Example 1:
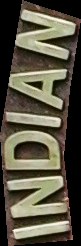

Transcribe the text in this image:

INDIAN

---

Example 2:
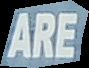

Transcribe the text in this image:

ARE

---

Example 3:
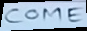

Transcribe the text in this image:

COME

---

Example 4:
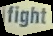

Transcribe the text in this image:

fight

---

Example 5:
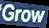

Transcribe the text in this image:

Grow